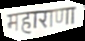
महाराणा